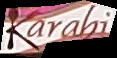
Karabi